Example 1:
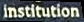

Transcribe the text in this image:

institution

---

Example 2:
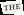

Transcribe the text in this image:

THE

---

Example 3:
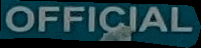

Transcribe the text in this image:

OFFICIAL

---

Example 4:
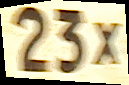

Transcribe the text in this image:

23x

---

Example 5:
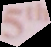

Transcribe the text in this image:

5th